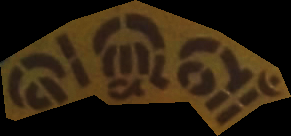
ବାଲୁଗାଁ